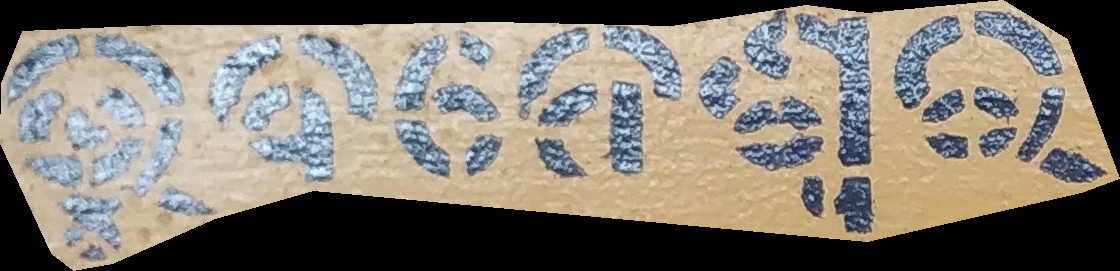
ଭୁବନେଶ୍ୱର